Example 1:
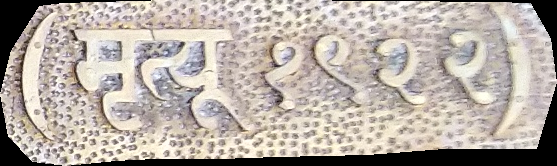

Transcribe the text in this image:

(मृत्यू १९२२)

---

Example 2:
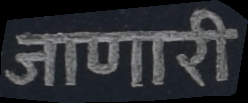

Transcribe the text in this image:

जाणारी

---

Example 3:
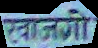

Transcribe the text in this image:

खाजगी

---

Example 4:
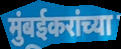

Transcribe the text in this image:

मुंबईकरांच्या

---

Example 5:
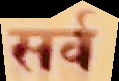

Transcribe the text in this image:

सर्व